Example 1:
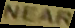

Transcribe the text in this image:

NEAR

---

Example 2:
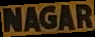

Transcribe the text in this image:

NAGAR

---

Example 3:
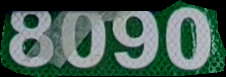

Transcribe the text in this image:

8090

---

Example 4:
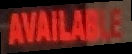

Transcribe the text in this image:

AVAILABLE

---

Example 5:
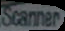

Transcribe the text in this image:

Scanner